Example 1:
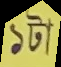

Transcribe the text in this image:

১টা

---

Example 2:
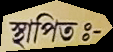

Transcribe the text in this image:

স্থাপিতঃ-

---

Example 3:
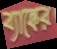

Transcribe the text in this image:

ব্যাকের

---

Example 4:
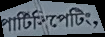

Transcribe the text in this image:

পার্টিসিপেটিং,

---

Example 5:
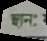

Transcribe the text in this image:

স্থান: